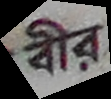
বীর